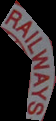
RAILWAYS